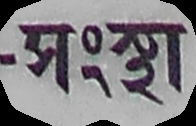
-সংস্থা